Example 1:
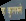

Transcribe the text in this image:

कुलालं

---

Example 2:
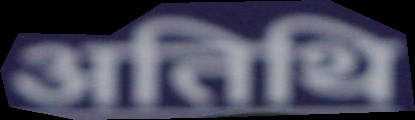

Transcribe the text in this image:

अतिथि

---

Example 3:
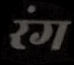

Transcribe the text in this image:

रंग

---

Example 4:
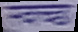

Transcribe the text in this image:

स्वच्छ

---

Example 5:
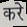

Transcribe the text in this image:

करे